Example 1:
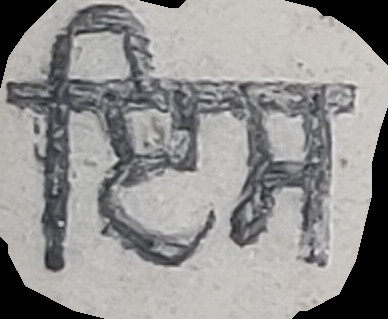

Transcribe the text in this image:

ਇਸ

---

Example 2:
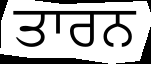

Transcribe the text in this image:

ਤਾਰਨ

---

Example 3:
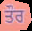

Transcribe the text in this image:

ਤੌਰ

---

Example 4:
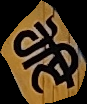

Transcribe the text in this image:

ਹੋਇ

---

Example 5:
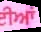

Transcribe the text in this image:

ਦੀਆਂ